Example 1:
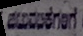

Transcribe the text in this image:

ಚಟುವಚತೆಗಅಗೆ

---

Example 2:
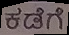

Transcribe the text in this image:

ಕಡೆಗೆ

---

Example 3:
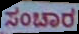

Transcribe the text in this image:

ಸ0ಚಾರ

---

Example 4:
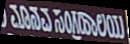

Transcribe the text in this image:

ಮಾನವ ಸಂಗ್ರಹಾಲಯ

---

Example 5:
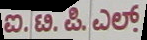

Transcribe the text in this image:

ಐ.ಟಿ.ಪಿ.ಎಲ್